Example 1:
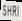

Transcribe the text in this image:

SHRI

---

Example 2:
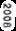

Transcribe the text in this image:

2008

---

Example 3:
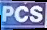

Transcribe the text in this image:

PCS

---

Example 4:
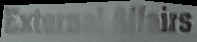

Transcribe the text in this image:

ExternalAffairs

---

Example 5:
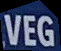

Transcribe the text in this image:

VEG